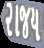
રાજય